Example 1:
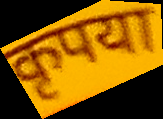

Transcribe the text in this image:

कृपया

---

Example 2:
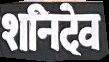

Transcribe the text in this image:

शनिदेव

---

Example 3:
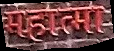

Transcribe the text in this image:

महात्मा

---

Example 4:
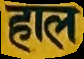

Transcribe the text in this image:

हाल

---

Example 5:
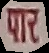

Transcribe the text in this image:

पा‍र